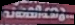
പക്ഷിക്കു